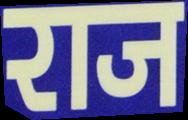
राज